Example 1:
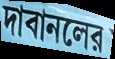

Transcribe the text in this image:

দাবানলের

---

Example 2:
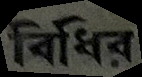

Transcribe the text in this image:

বিধির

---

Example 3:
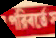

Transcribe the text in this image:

পরিবর্তে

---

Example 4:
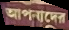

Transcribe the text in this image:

আপনাদের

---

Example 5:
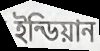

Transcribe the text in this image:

ইন্ডিয়ান